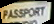
PASSPORT